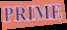
PRIME